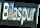
Bilaspur